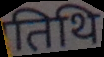
तिथि